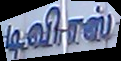
டி.விாஸ்